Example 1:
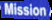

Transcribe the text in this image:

Mission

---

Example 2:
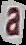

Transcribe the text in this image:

a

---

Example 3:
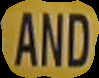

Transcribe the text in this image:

AND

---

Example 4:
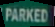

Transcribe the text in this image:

PARKED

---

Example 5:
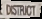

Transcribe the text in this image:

DISTRICT